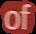
of